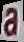
a